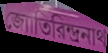
জ্যোতিরিন্দ্রনাথ